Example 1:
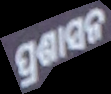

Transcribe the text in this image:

ପ୍ରଶାସନ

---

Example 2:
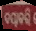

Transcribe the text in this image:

ଦୟାକରି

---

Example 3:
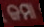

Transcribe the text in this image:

ଜମା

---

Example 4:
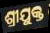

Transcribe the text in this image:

ଶ୍ରୀଯୁକ୍ତ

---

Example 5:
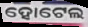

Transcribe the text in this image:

ହୋଟେଲ